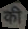
की